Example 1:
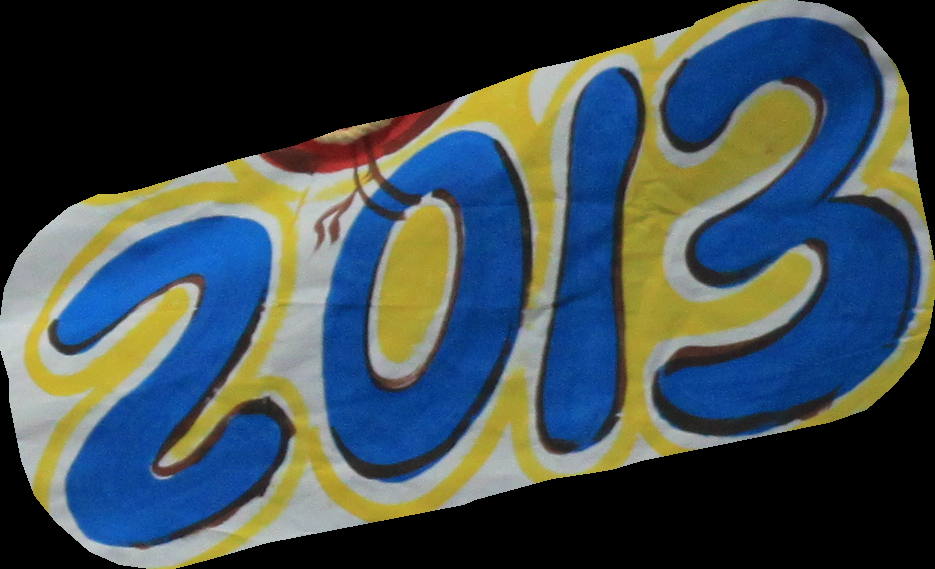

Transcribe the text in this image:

2013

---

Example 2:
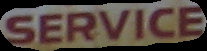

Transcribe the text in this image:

SERVICE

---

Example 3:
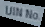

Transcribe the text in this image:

UINNo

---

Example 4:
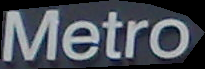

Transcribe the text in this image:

Metro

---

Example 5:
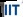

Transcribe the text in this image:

IIT